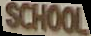
SCHOOL